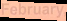
February,